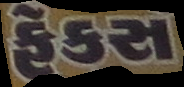
ફેકસ